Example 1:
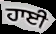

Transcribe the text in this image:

ਹਾਈ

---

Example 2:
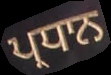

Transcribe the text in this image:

ਪ੍ਰਧਾਨ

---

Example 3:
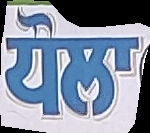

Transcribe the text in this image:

ਧੌਲਾ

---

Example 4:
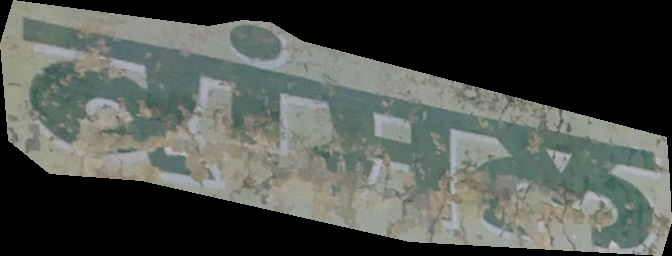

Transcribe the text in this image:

ਕਾਂਬਲ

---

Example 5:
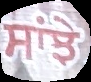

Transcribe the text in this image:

ਸਾਂਝੇ